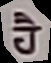
ਹੈ